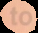
to